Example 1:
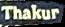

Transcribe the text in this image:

Thakur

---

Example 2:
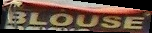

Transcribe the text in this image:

BLOUSE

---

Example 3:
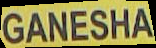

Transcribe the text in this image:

GANESHA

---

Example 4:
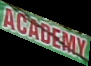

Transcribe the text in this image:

ACADEMY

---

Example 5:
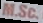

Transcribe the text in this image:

M.Sc.